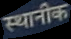
स्थानीक